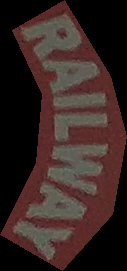
RAILWAY